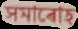
সমাৰোহ